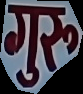
गुरू